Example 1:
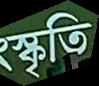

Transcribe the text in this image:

স্কৃতি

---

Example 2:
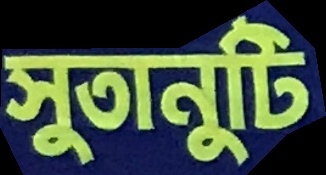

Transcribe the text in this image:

সুতানুটি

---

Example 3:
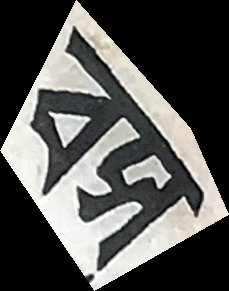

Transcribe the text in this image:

বস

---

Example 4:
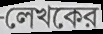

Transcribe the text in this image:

লেখকের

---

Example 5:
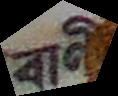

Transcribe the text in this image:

বাণী